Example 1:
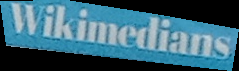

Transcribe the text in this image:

Wikimedians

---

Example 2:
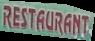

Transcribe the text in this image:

RESTAURANT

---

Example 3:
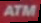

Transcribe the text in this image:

ATM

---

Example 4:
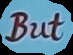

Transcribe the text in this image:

But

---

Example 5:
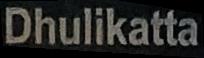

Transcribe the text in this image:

Dhulikatta